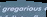
gregarious